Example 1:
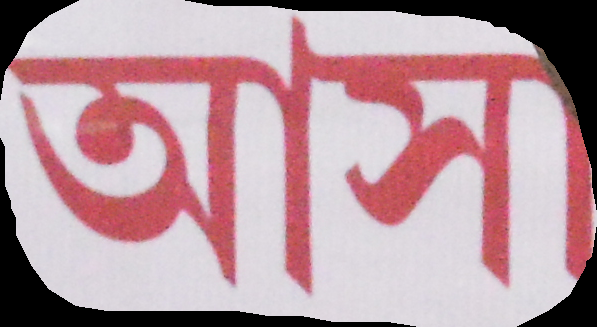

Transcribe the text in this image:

আসা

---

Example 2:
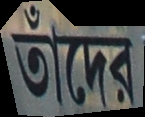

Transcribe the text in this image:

তাঁদের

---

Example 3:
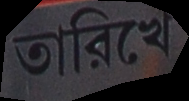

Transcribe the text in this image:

তারিখে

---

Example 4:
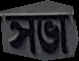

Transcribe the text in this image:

সভা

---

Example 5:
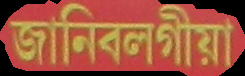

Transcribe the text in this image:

জানিবলগীয়া